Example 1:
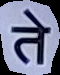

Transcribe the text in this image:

ते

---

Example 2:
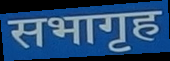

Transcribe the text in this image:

सभागृह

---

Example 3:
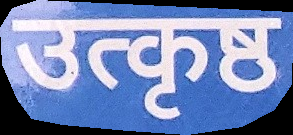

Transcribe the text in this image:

उत्कृष्ठ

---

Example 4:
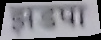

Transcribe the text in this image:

झडपा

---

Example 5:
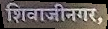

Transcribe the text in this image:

शिवाजीनगर,